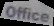
Office